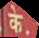
के.